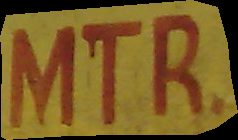
MTR.